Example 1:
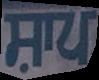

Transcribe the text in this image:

ਸ਼ਾਪ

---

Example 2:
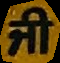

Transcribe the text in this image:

ਜੀ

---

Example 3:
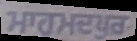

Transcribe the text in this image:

ਮਾਹਮਦਪੁਰ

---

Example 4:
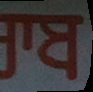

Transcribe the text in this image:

ਰਾਬ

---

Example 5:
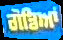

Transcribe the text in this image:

ਗੇਡਿਆਂ